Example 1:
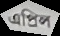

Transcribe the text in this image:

এপ্রিল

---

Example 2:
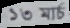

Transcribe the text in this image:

১৩মার্চ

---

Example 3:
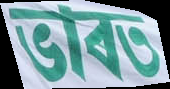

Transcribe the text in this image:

ভাবত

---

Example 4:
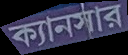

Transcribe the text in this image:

ক্যানসার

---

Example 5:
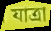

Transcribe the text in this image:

যাত্রা